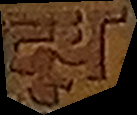
दूध